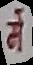
में